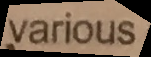
various